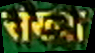
संख्या